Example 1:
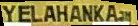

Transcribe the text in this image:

YELAHANKAJN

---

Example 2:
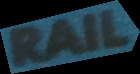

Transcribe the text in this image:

RAIL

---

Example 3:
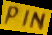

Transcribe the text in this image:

PIN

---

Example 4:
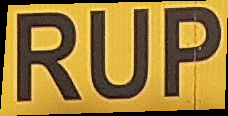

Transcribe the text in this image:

RUP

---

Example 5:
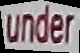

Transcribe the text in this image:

under